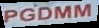
PGDMM